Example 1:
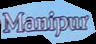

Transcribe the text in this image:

Manipur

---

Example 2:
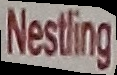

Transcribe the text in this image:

Nestling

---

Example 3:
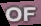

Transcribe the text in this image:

OF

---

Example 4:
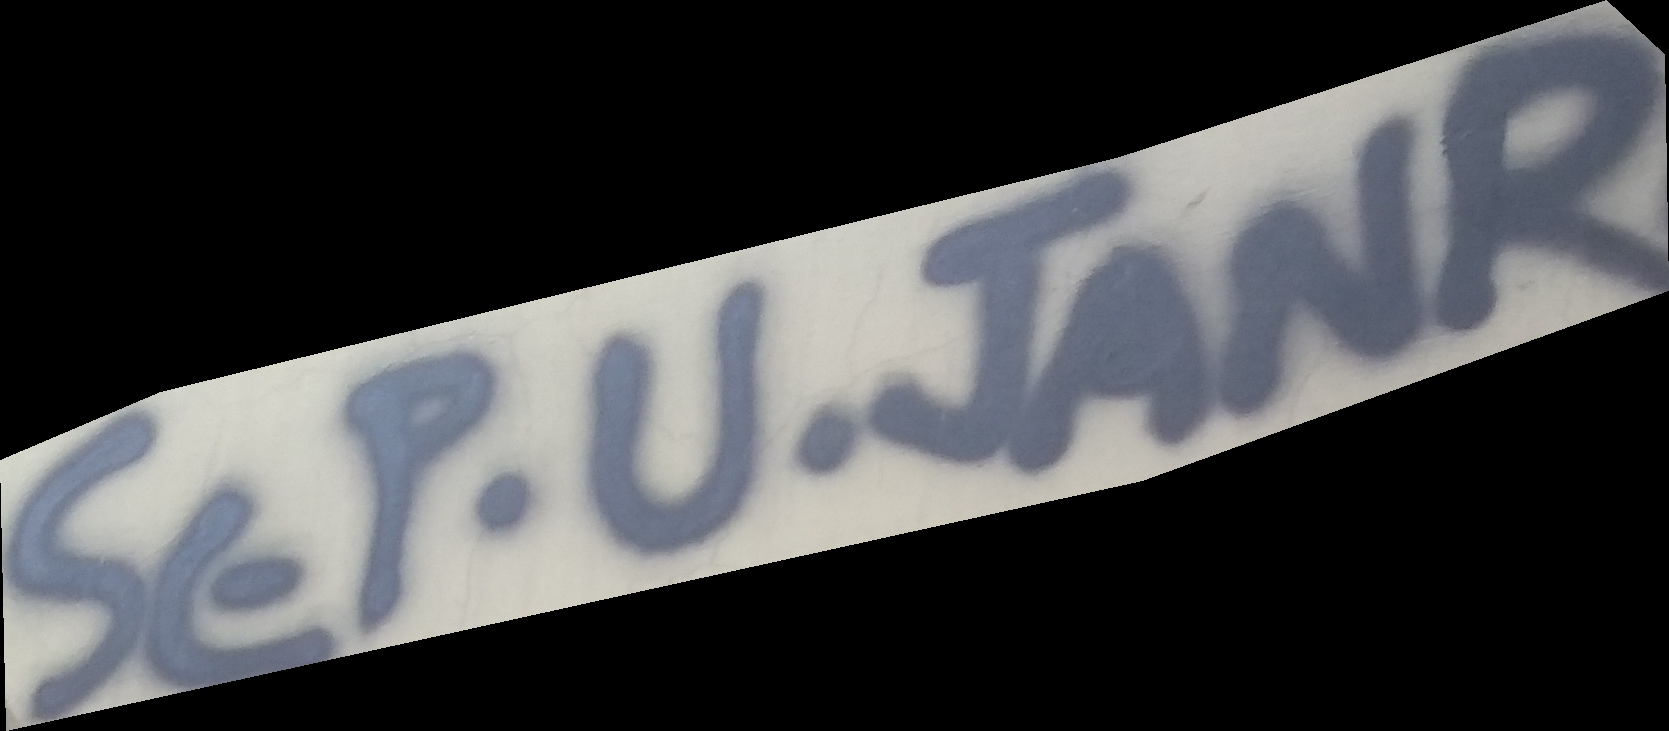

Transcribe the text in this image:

SEP.U.JANR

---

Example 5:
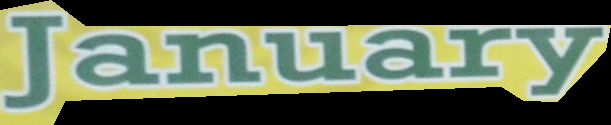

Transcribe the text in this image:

January